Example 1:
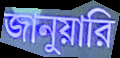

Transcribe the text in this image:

জানুয়ারি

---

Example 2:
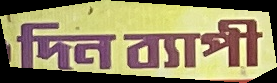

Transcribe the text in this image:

দিন ব্যাপী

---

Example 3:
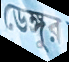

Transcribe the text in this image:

ডেঙ্গুর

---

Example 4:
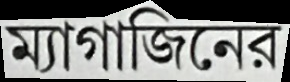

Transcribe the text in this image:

ম্যাগাজিনের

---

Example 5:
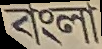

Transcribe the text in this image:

বংলা